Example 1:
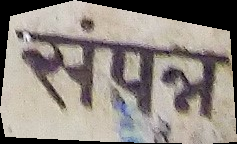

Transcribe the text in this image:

संपन्न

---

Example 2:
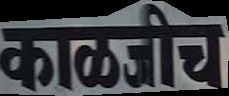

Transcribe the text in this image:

काळजीच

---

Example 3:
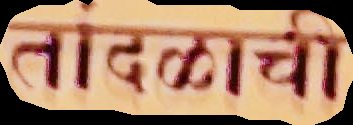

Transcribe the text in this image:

तांदळाची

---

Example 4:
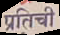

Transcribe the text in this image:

प्रतिची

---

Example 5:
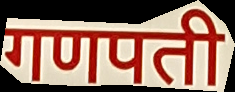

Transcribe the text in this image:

गणपती